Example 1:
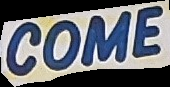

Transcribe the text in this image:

COME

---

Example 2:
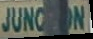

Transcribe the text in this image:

JUNCTION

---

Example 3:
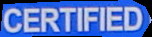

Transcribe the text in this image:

CERTIFIED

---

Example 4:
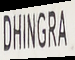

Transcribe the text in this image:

DHINGRA.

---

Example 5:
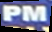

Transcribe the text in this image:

PM